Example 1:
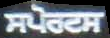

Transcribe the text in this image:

ਸਪੋਰਟਸ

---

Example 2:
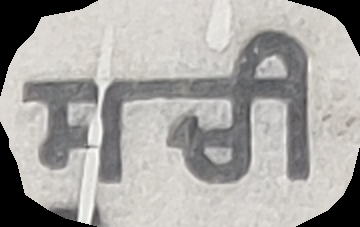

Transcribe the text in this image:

ਸਚੀ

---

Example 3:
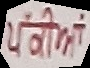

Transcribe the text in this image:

ਪਕੀਆਂ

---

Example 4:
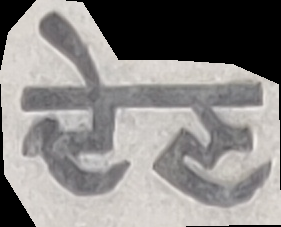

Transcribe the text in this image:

ਦੇਣ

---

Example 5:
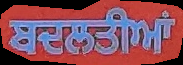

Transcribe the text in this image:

ਬਦਲਤੀਆਂ